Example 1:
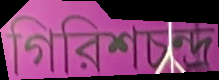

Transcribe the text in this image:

গিরিশচন্দ্র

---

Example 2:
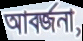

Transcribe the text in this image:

আবর্জনা,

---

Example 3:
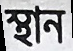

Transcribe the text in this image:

স্থান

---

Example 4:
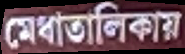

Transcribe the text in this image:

মেধাতালিকায়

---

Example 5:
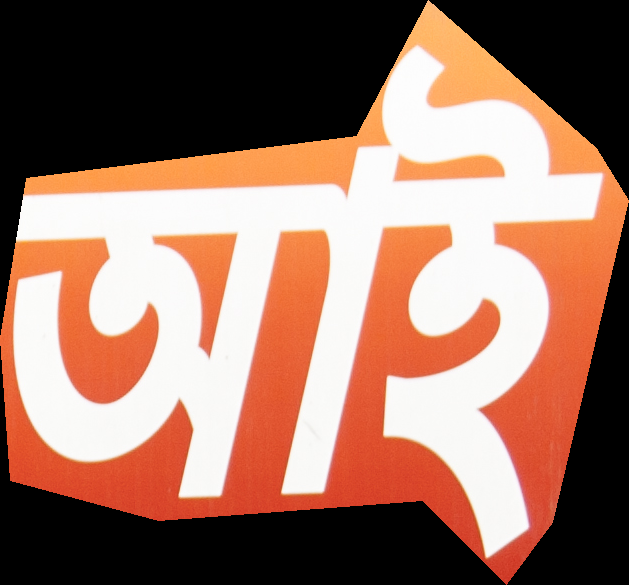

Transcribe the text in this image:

আই